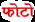
फोटो